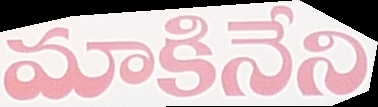
మాకినేని